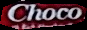
Choco